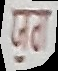
ਯੁਗ